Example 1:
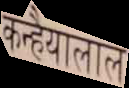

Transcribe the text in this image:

कन्हैयालाल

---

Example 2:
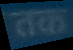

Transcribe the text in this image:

तक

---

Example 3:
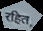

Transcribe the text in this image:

रहित,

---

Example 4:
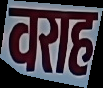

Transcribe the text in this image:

वराह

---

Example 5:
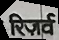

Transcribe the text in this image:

रिज़र्व